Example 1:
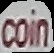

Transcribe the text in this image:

coin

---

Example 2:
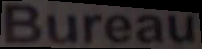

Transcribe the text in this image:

Bureau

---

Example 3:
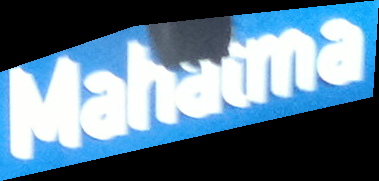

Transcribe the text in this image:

Mahatma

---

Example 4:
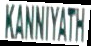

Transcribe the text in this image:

KANNIYATH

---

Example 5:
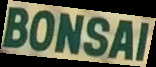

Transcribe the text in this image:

BONSAI